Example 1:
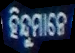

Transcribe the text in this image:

ହିନ୍ଦୁମାନେ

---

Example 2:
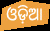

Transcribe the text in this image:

ଓଡ଼ିଆ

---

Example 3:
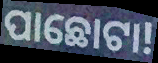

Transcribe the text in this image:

ପାଛୋଟା!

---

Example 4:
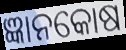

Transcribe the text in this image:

ଜ୍ଞାନକୋଷ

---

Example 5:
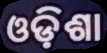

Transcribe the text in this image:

ଓଡ଼ିଶା